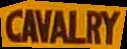
CAVALRY